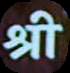
श्री